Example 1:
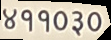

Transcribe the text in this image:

४११0३०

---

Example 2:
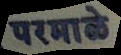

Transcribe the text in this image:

परमाळे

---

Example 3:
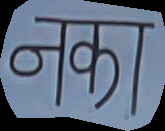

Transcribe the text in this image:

नका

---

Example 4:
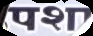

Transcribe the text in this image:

पशा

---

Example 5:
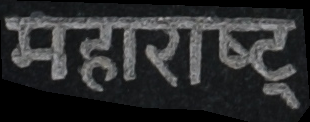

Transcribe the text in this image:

महाराष्ट्